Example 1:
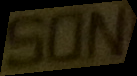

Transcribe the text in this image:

SON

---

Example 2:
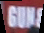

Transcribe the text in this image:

GUN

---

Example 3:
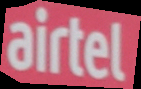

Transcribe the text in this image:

airtel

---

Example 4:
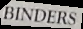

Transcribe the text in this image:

BINDERS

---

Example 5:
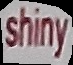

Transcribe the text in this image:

shiny